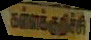
கள்ளக்குறிச்சி